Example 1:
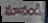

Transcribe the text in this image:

మానండి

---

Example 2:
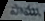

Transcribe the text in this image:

పాయ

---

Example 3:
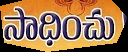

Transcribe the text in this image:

సాధించు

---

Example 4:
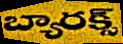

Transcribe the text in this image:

బ్యారక్స్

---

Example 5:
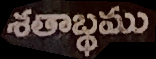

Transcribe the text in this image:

శతాబ్థము